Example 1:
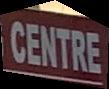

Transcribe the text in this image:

CENTRE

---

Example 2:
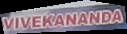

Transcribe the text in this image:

VIVEKANANDA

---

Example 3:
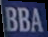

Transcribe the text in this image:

BBA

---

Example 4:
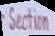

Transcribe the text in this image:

Section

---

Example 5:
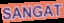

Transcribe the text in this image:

SANGAT